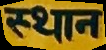
स्थान